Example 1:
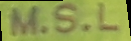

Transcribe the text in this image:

M.S.L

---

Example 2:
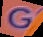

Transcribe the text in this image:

G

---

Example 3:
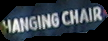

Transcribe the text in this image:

HANGINGCHAIR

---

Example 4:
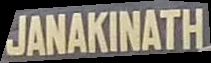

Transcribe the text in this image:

JANAKINATH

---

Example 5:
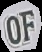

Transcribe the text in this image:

OF